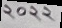
২০২২